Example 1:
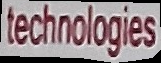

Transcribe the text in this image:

technologies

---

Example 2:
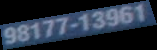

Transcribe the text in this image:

98177-13961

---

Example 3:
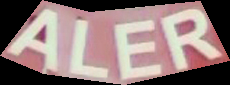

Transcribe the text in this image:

ALER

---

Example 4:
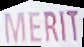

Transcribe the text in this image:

MERIT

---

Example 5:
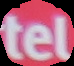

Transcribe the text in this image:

tel